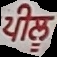
ਪੀਲੂ